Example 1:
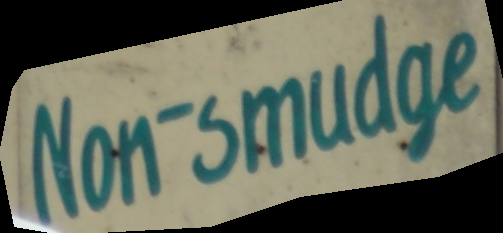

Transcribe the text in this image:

Non-smudge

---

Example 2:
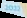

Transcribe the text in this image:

2022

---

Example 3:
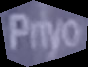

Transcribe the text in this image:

Priyo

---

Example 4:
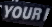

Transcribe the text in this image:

YOUR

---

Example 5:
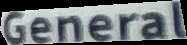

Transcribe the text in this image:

General